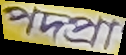
পদপ্রা